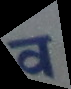
व